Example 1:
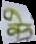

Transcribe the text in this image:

के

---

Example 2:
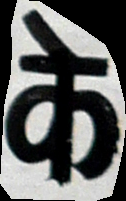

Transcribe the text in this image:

के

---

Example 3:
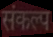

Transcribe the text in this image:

संकल्प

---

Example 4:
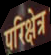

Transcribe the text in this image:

परिक्षेत्र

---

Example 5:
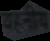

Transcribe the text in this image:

वहनीय